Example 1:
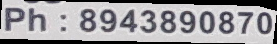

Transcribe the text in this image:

Ph:8943890870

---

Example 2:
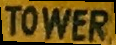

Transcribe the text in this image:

TOWER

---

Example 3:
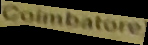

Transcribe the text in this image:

Coimbatore)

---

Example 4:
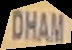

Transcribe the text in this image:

DHAM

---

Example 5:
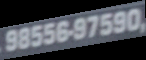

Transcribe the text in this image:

98556-97590,